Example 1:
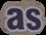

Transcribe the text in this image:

as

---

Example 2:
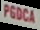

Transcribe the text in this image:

PGDCA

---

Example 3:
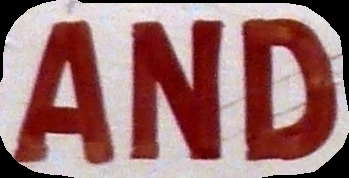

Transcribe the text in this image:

AND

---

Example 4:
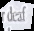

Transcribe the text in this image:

deaf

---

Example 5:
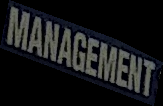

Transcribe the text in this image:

MANAGEMENT